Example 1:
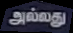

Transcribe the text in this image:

அல்லது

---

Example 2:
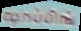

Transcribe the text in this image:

ஷாப்பிங்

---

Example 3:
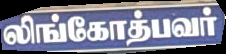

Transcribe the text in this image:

லிங்கோத்பவா்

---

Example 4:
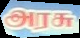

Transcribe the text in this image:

அரசு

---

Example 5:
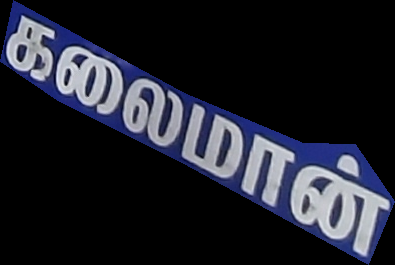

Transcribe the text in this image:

கலைமான்